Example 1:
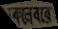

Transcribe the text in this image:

কলেবরে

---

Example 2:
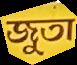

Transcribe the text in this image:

জুতা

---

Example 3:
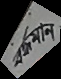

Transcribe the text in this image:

বর্ধমান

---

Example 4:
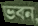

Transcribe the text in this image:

ভবন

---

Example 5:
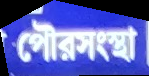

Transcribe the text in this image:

পৌরসংস্থা